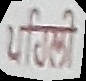
ਪਹਿਲੀ